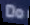
Do